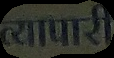
व्यापारी